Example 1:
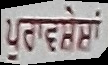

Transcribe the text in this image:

ਪੁਰਾਵਸ਼ੇਸ਼ਾਂ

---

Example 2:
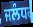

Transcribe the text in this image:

ਜਲੰਧਰ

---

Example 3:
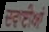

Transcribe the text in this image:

ਦਵਾਈਆਂ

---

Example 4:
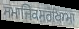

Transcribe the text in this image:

ਸਮਾਜਿਕਸਰਖਿਆ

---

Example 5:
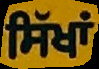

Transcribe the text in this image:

ਸਿੱਖਾਂ